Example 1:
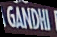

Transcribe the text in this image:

GANDHI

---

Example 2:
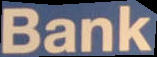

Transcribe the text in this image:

Bank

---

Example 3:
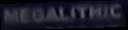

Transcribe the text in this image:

MEGALITHIC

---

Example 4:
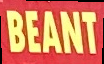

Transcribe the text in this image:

BEANT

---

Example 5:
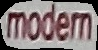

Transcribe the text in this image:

modem